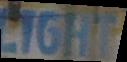
LIGHT